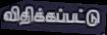
விதிக்கப்பட்டு